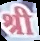
श्री